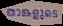
താങ്കളുടെ